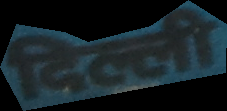
दिल्ली